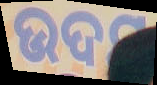
ଉଦ